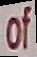
of